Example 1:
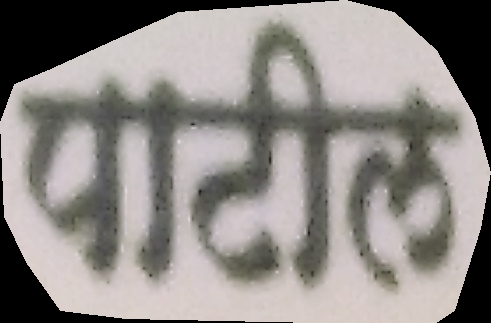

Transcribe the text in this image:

पाटील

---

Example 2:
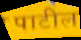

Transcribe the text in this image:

पाटील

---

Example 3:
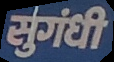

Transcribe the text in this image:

सुगंधी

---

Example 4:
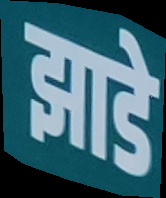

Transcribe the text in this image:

झाडे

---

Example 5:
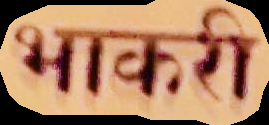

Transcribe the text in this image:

भाकरी